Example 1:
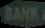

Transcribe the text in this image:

BANK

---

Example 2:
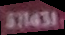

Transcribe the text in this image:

571431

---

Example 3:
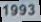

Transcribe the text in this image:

1993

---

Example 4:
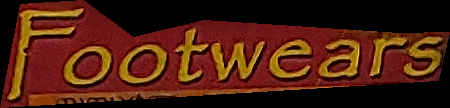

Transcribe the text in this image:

Footwears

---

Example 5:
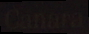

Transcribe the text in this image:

Canara